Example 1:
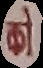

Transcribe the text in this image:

को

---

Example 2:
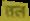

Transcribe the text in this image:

छत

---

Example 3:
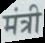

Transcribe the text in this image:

मंत्री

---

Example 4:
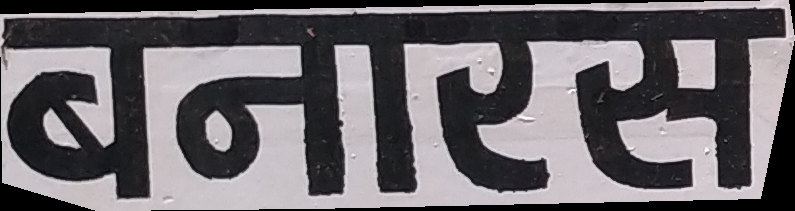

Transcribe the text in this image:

बनारस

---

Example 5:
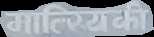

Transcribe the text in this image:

मात्स्यिकी